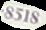
8518